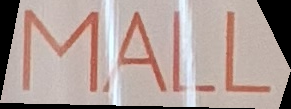
MALL